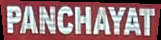
PANCHAYAT